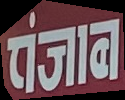
पंजाब